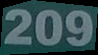
209